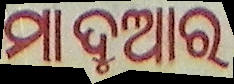
ମାଦୁଆର